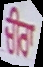
ਚੀਰਾ